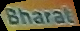
Bharat